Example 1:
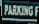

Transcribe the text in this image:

PARKING F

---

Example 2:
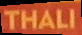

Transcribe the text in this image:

THALI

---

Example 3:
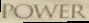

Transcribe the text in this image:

POWER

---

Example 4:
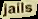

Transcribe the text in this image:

jails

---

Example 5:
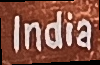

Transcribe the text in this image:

India